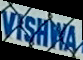
VISHWA